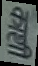
काशी